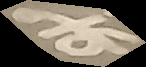
के